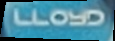
LLOYD